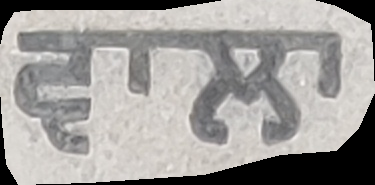
ਵਾਲਾ